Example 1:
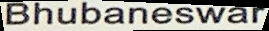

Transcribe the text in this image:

Bhubaneswar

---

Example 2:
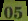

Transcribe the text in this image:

05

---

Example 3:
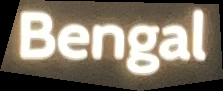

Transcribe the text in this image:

Bengal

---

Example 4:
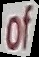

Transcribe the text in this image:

of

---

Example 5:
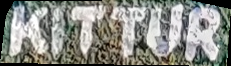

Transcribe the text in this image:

KITTUR